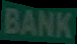
BANK